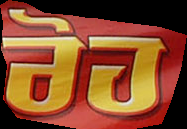
ਰੋਹ